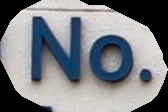
No.